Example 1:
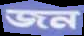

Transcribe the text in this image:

জন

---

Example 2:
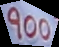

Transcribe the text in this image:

৭০০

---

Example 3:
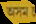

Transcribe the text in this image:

অসম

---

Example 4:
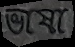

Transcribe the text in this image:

ভাষা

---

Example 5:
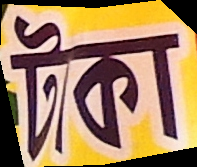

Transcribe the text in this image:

টাকা